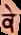
ਕੇ